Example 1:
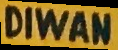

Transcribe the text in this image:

DIWAN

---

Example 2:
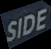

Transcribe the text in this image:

SIDE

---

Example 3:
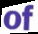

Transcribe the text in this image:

of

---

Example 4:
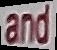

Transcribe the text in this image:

and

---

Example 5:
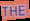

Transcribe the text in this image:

THE